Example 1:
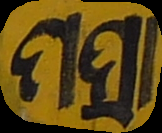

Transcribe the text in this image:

ମହା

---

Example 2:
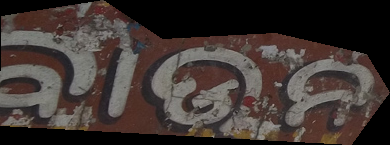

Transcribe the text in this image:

ବାଡନ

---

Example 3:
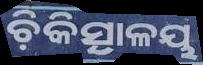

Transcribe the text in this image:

ଚି଼କିତ୍ସାଳୟ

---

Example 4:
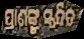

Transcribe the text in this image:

ପ୍ରାଣଙ୍କୁ ସ୍ପନ୍ଦିତ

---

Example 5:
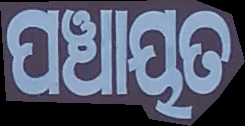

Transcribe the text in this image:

ପଞ୍ଚାୟତ